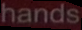
hands